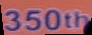
350th